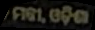
/ ମନ୍ତ୍ରୀ, ଓଡ଼ିଶା